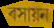
ৰসায়ন